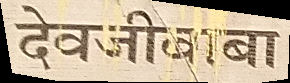
देवजीबाबा